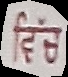
ਵਿਚ